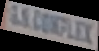
A.N.COMPLEX